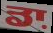
ਡਾ